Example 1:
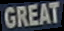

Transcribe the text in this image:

GREAT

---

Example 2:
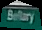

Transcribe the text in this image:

Battery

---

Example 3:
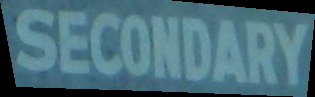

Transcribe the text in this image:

SECONDARY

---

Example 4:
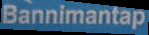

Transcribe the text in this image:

Bannimantap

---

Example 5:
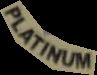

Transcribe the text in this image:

PLATINUM